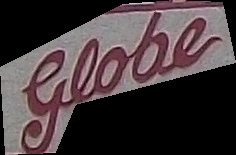
globe